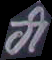
ਰੀ